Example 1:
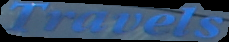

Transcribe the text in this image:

Travels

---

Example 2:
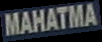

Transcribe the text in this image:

MAHATMA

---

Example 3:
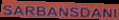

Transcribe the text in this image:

SARBANSDANI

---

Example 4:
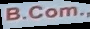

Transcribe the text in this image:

B.Com.,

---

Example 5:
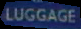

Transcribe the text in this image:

LUGGAGE